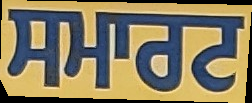
ਸਮਾਰਟ